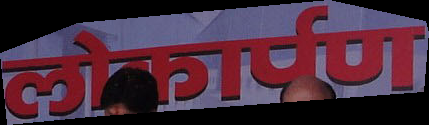
लोकार्पण